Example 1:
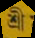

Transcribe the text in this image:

শ্রী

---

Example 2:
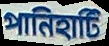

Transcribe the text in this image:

পানিহাটি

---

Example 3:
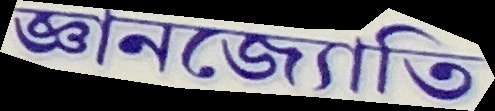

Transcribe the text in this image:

জ্ঞানজ্যোতি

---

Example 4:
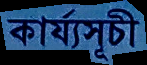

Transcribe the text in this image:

কাৰ্য্যসূচী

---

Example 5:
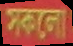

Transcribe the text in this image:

সকলো